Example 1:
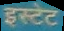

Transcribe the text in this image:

इस्टेट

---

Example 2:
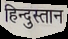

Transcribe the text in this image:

हिन्दुस्तान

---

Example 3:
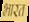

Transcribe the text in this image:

भारत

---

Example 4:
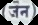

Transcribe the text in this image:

(जैन)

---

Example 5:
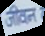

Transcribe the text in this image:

जीवन